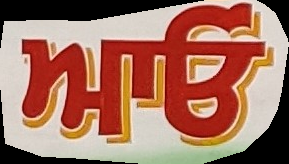
ਆਓੇ